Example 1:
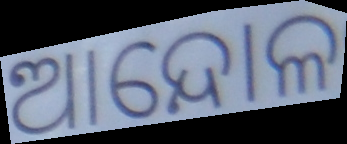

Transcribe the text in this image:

ଆନ୍ଦୋଳ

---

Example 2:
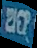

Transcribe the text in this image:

ଅଫ୍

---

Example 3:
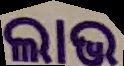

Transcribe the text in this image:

ଲାଭ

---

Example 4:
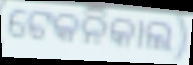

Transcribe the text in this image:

ଟେକନିକାଲ)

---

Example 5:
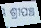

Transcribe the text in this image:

ଶ୍ରୀପଞ୍ଚ